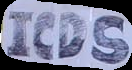
ICDS